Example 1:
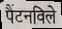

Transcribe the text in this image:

पैंटनविले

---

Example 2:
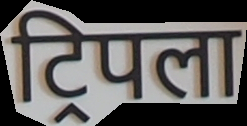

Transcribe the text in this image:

ट्रिपला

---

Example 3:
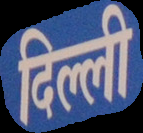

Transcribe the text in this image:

दिल्ली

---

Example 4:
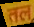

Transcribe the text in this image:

तल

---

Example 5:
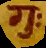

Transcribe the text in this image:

गुः